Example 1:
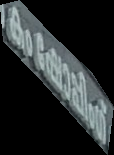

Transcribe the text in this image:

കംഷോചിംഗ്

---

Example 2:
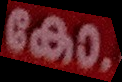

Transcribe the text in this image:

കോ.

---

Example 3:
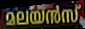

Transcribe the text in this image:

മലയൻസ്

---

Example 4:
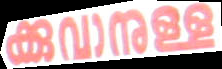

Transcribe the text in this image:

ക്കുവാനുള്ള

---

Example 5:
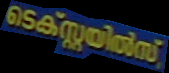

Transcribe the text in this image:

ടെക്‌സ്റ്റയിൽസ്